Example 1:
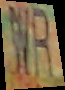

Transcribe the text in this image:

WR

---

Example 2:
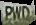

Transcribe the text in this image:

PWD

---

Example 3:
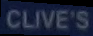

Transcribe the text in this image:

CLIVE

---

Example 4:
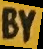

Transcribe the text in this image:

BY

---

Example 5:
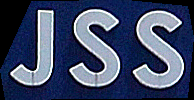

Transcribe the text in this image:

JSS